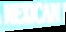
MEXICAN